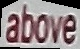
above